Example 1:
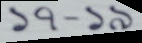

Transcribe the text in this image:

১৭-১৯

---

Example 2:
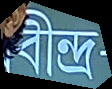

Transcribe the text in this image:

বীন্দ্র-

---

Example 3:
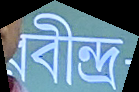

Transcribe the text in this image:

বীন্দ্র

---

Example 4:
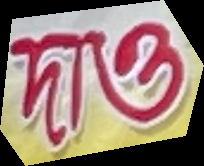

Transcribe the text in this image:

দাও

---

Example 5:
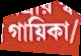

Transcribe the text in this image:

গায়িকা/